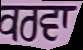
ਕਰਵਾ